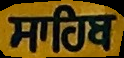
ਸਾਹਿਬ